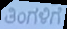
ತಿಂಗಳಿಗೆ